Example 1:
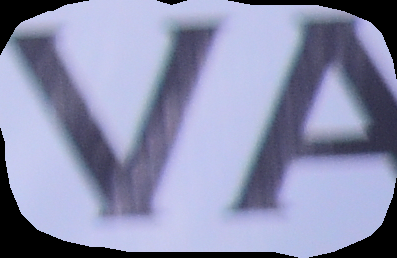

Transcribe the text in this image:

VA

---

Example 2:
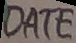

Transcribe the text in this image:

DATE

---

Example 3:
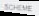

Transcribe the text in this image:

SCHEME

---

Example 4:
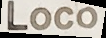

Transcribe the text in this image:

Loco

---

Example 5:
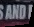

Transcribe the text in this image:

AND